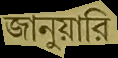
জানুয়ারি